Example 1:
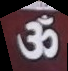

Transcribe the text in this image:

ऊँ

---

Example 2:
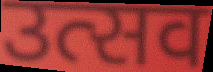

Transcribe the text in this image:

उत्सव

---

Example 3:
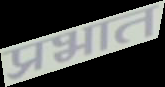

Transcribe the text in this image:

प्रभात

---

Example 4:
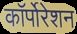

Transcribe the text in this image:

कॉर्पोरेशन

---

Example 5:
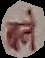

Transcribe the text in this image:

बने